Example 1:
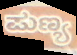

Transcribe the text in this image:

ಪುಣ್ಯ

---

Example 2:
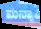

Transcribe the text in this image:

ಮನ್ಸಾಎ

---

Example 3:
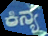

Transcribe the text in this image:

ಕಿನ್ಯ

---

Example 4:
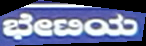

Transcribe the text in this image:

ಭೇಟಿಯ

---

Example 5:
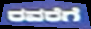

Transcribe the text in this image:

ರವರೆಗೆ